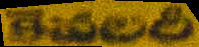
కావలరీ